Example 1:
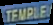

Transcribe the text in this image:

TEMPLE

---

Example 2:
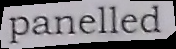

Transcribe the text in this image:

panelled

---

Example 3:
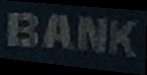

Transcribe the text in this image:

BANK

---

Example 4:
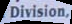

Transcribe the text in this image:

Division,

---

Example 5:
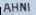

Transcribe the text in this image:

AHNI